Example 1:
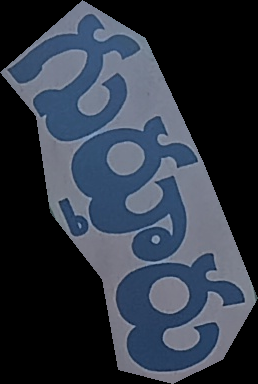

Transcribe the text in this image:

గుర్తూరు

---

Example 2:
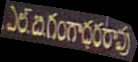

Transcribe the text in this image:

ఎల్.బి.గంగాధరరావు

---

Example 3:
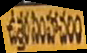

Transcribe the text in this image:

ఉత్తర సింహాచలం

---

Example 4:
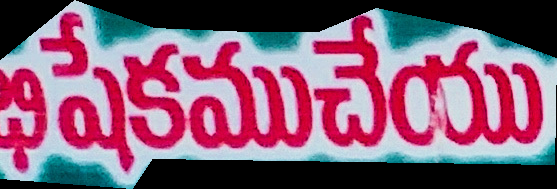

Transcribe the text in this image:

భిషేకముచేయ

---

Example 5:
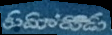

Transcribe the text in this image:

కుమారుడు